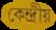
কেন্দ্ৰীয়